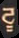
ਟੂ